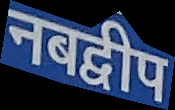
नबद्वीप